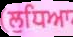
ਲੁਧਿਆ